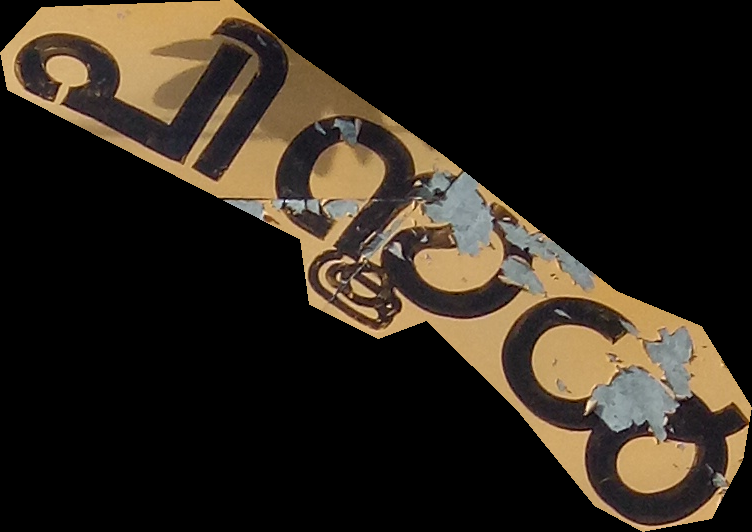
പിസ്കൂൾ